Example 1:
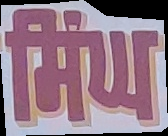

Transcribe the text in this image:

ਸਿੰਘ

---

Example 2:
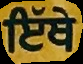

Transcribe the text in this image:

ਇੱਥੇ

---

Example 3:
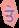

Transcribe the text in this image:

ਤੇ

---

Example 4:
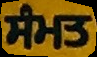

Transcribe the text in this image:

ਸੰਮਤ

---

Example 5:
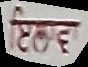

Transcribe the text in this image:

ਇਲਾਵਾ